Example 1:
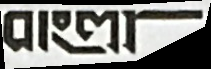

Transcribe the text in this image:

বাংলা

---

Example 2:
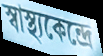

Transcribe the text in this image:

স্বাস্থ্যকেন্দ্র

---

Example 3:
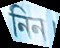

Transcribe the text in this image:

নিন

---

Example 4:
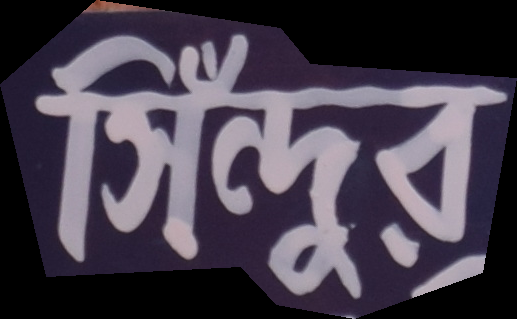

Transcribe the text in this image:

সিঁন্দুর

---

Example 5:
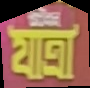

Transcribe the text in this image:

যাত্রা